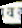
व